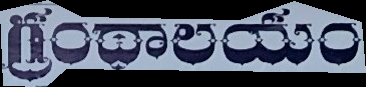
గ్రంథాలయం